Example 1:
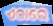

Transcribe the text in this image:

ଏଠାରେ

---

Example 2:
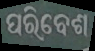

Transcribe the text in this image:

ପରିବେଶ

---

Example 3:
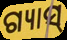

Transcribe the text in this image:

ଗ୍ୟାସ୍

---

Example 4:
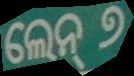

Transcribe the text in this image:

ଲେନ୍ ୭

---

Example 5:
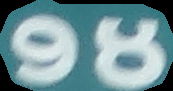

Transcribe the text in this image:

୨୪